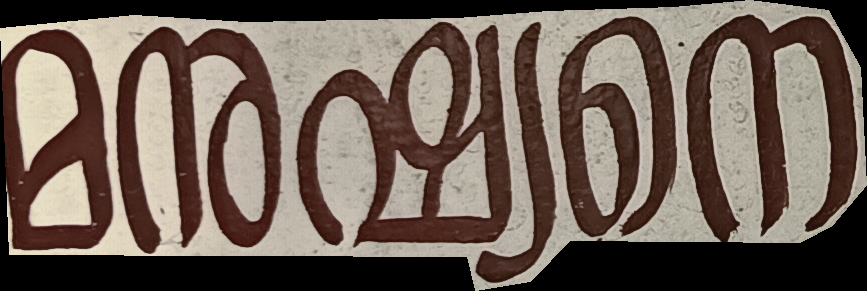
മനുഷ്യനെ